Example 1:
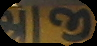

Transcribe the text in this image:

શ્રીજી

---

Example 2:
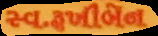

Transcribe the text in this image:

સ્વ.३ખીબેન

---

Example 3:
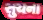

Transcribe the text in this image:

સુયના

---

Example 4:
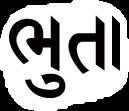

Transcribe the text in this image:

ભુતા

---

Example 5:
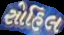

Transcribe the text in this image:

સોહિલ